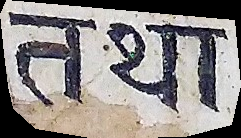
तथा